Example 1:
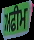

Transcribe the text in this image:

ਅਫੀਮ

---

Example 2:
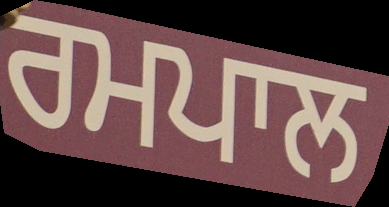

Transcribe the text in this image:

ਰਮਪਾਲ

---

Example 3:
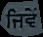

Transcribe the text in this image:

ਜਿਵੇਂ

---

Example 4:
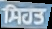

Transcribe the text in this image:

ਸਿਹਤ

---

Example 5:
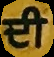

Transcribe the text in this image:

ਦੀ